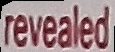
revealed